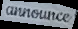
announce